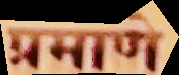
प्रमणे